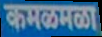
कमळमळा